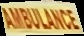
AMBULANCE